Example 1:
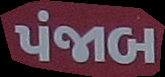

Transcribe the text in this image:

પંજાબ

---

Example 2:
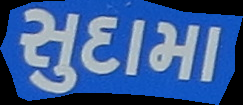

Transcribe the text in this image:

સુદ1મા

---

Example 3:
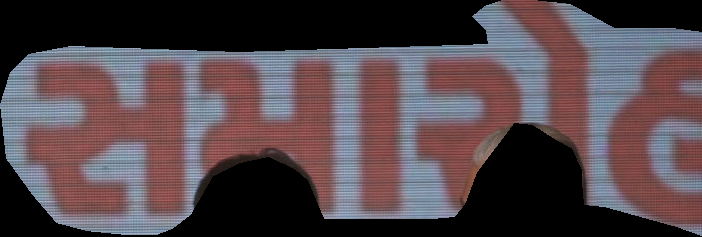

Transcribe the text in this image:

સમારોહ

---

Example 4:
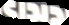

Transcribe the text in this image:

ડાસર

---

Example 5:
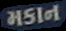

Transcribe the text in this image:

મકાન